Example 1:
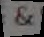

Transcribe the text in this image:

&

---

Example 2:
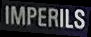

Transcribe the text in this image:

IMPERILS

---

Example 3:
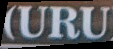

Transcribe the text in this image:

(URU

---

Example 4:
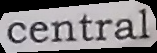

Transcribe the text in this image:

central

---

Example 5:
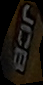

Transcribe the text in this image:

JCB